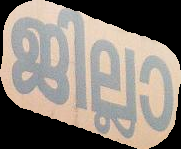
ജില്ലാ